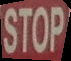
STOP